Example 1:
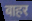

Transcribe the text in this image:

बाहर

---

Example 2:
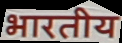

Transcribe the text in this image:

भारतीय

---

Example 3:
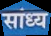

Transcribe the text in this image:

सांध्य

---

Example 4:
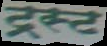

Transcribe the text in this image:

ट्रस्ट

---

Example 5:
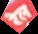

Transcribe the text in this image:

रेल